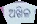
ଅଖିଲ